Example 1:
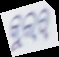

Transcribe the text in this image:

ସ୍କୁଲର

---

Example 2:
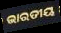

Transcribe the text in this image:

ଭାରତୀୟ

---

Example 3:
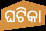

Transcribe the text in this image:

ଘଟିକା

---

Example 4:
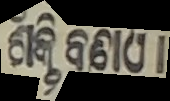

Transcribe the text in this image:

ଶକ୍ତି ଜଣାଏ ।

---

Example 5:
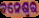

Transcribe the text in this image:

ଭୁବନେଶ୍ୱର